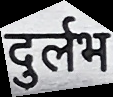
दुर्लभ